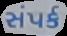
સંપર્ક